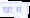
खा.म.